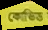
কোভিড৷